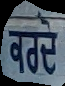
ਭਰਦੇ